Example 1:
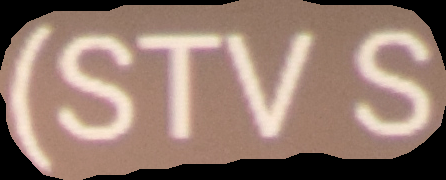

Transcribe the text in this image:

(STVS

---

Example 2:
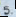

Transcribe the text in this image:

5.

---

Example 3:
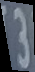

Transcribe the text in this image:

3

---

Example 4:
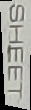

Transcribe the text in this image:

SHEET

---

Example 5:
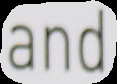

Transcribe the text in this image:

and